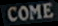
COME